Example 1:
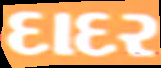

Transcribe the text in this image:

દાદર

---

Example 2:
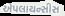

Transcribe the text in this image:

એપલાયન્સીસ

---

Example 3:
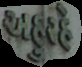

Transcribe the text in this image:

અહુરદે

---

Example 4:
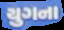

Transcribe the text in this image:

યુગના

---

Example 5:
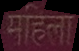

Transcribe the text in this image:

મહતા